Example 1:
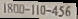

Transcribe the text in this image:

1800-110-456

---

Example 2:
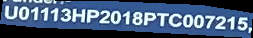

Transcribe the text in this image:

U01113HP2018PTC007215,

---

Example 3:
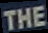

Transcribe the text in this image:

1116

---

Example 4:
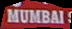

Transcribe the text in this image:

MUMBAI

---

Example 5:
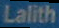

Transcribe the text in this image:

Lalith